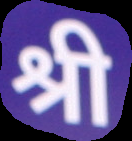
श्री